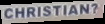
CHRISTIAN?